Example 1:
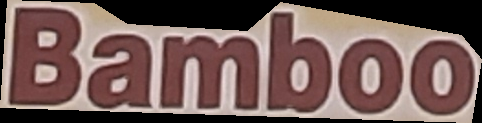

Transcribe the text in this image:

Bamboo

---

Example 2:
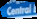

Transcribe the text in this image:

Central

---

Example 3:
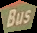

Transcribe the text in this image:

Bus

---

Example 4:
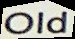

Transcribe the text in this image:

Old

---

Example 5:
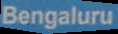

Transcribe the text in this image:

Bengaluru